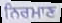
ਨਿਰਮਾਣ